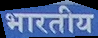
भारतीय